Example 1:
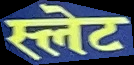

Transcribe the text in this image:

स्लेट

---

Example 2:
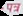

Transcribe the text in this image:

पत्र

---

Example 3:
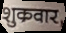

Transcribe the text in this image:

शुक्रवार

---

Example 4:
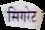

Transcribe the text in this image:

सिगरेट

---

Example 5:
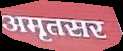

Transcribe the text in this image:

अमृतसर